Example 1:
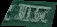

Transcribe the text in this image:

आउट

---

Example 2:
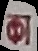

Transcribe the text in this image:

का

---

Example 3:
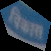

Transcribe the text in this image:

विकास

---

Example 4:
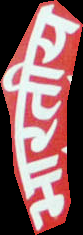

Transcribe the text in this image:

भारतीय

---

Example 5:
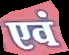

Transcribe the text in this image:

एवं